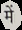
में